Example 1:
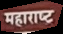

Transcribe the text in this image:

महाराष्ट्र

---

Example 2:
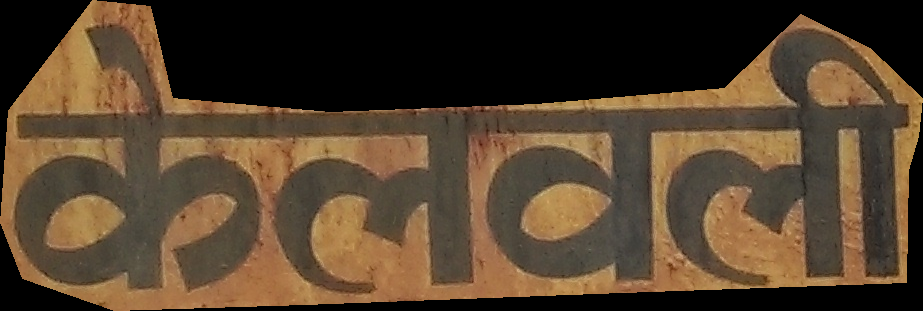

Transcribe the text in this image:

केलवली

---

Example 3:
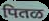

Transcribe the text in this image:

पितळ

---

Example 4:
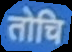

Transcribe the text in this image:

तोचि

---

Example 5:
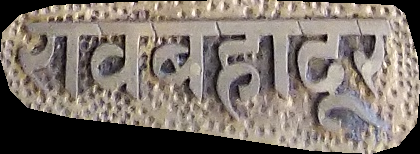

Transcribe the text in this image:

रावबहादूर